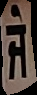
ਜੇ